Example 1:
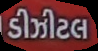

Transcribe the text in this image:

ડીઝીટલ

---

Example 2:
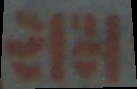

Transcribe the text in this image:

રામ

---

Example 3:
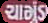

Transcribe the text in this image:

ચામુંડા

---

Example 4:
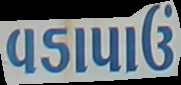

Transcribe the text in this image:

વડાપાઉં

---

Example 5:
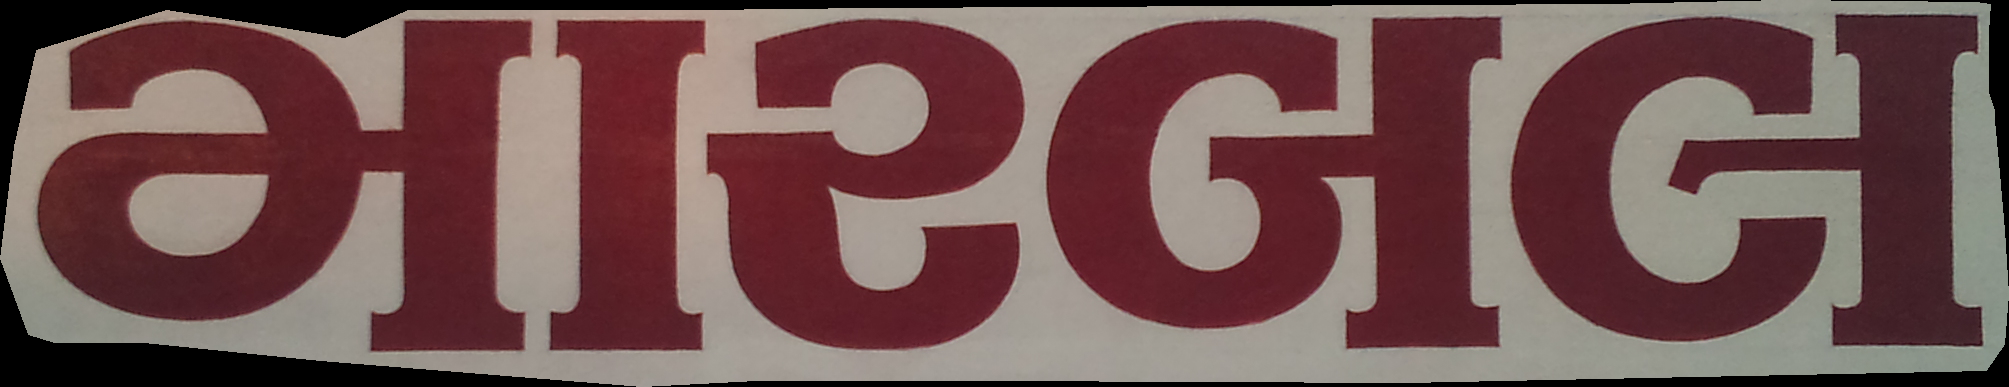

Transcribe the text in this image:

મારબલ